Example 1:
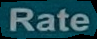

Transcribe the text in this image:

Rate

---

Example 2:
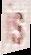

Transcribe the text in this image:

is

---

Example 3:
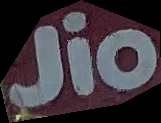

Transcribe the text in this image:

Jio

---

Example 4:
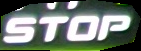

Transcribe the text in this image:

STOP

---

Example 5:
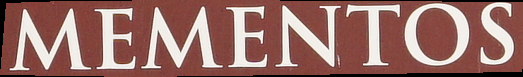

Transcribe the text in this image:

MEMENTOS